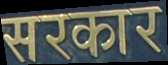
सरकार